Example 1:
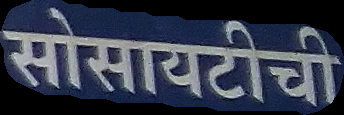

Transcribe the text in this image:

सोसायटीची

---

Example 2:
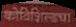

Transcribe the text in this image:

कोविशिल्डचा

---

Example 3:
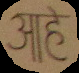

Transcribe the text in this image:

आहे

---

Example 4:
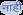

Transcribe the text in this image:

नाही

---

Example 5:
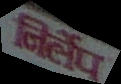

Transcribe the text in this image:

निर्लेप